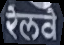
रेलवे